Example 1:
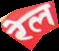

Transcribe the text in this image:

रेल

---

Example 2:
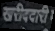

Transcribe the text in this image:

खरीददारी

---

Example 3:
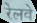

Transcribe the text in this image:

रेलवे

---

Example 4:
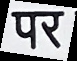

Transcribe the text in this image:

पर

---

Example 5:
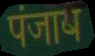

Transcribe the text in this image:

पंजाब